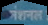
नेशनल